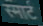
स्मार्ट